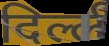
दिल्ली